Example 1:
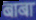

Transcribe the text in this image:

बाबा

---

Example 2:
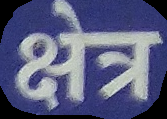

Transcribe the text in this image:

क्षेत्र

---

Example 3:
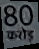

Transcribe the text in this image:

80 करोड़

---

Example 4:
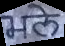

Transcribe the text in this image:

भले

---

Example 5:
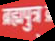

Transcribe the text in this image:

ब्रह्मपुत्र